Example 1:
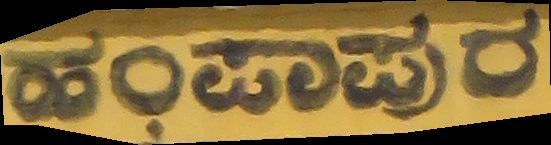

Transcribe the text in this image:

ಹಂಪಾಪುರ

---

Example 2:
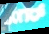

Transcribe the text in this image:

ಸಗರ್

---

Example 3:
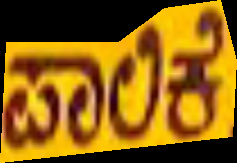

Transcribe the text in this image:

ಪಾಲಿಕೆ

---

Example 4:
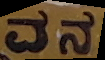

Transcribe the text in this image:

ವನೆ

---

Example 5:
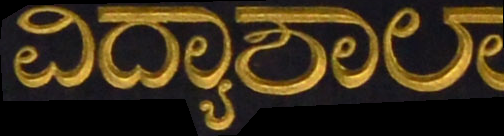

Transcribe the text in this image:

ವಿದ್ಯಾಶಾಲಾ